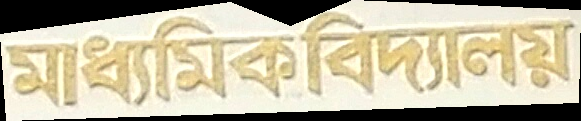
মাধ্যমিকবিদ্যলয়